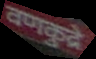
वणकुद्रे